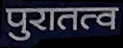
पुरातत्व